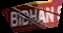
BIBHAN